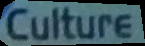
Culture